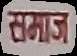
समाज